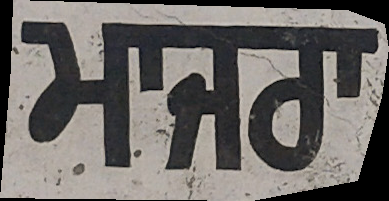
ਮਾਜਰਾ